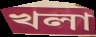
খলা